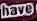
have